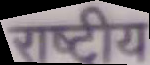
राष्टीय